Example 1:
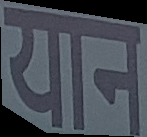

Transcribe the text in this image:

यान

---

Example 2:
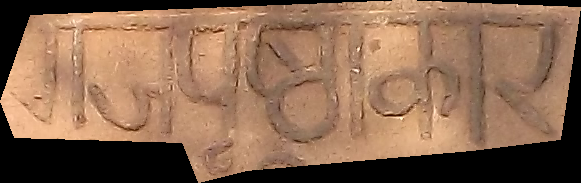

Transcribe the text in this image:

गजपृष्ठाकार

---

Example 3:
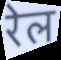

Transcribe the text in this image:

रेल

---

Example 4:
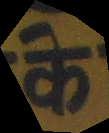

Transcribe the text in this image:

के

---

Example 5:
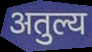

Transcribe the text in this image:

अतुल्य